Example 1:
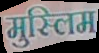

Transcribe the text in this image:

मुस्लिम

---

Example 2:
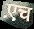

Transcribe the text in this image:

एच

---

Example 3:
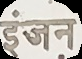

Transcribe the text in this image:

इंजन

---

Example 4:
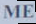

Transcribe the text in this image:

।शाः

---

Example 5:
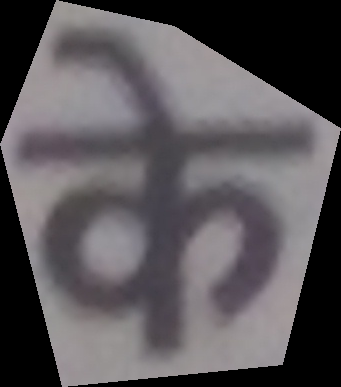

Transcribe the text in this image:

के